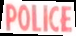
POLICE